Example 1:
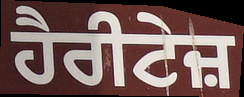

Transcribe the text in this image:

ਹੈਰੀਟੇਜ਼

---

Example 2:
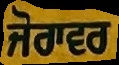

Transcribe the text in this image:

ਜੋਰਾਵਰ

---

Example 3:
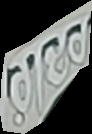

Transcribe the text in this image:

ਗ਼ਦਰ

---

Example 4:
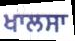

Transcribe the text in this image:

ਖਾਲਸਾ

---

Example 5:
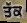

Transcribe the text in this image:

ਤੱਕ